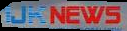
IJKNEWS